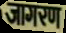
जागरण